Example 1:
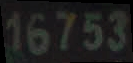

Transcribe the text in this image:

16753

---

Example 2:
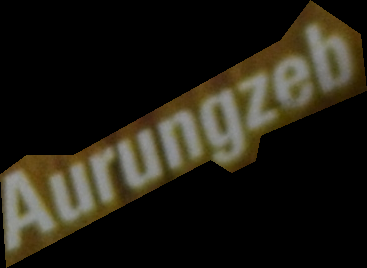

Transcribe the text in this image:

Aurungzeb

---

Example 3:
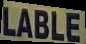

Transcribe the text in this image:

LABLE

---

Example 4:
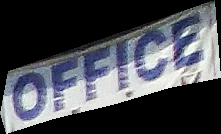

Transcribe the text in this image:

OFFICE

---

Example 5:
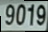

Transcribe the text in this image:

9019